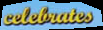
celebrates